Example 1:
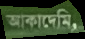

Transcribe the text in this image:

আকাদেমি,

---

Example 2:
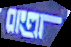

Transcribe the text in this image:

বাংলা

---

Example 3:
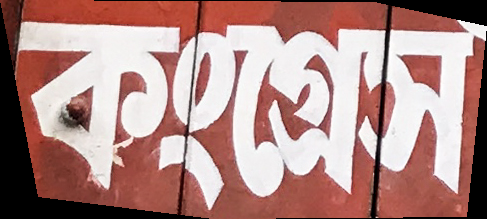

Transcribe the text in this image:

কংগ্রেস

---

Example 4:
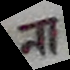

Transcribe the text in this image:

না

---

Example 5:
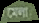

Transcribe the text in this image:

মেলা